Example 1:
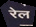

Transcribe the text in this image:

रेल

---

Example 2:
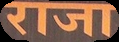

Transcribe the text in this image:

राजा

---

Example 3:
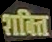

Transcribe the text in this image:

शक्‍ति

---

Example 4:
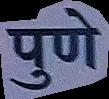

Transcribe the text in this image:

पुणे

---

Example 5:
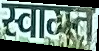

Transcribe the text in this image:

स्वागत